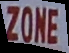
ZONE